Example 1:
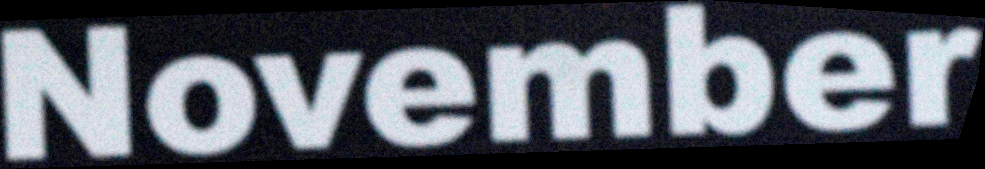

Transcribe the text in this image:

November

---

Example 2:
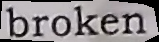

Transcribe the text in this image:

broken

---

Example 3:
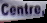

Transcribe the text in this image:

Centre,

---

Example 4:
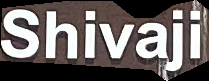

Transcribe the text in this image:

Shivaji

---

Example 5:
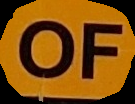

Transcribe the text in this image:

OF